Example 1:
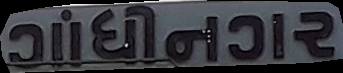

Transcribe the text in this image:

ગાંધીનગર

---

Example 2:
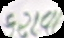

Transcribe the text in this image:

કરાવા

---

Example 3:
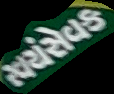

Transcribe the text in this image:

સ્વયંસેવક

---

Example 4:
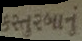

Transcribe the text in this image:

કસ્તુરબાનું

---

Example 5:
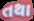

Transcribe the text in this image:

તથા